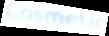
Cosmetic